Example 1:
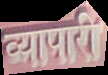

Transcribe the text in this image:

व्यापारी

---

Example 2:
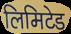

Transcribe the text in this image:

लिमिटेड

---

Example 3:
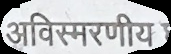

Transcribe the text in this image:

अविस्मरणीय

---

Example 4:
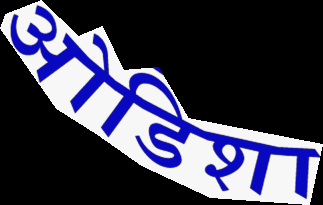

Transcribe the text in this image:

ओडिशा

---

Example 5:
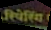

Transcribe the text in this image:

रिपेरिंग